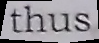
thus